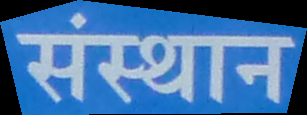
संस्थान